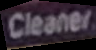
Cleaner